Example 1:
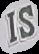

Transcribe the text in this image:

IS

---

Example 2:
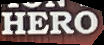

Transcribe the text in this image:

HERO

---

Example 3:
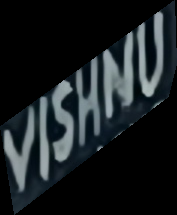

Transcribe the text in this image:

VISHNU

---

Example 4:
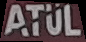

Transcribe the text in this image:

ATUL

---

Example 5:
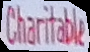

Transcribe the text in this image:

Charitable